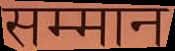
सम्मान